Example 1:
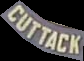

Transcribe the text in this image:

CUTTACK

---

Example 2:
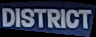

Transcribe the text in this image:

DISTRICT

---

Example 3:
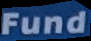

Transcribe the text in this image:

Fund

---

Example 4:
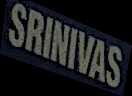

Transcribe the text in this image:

SRINIVAS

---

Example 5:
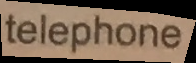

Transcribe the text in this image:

telephone